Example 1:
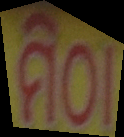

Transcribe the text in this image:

ମିଠା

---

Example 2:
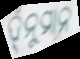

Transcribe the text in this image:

ତ୍ନୁମାନ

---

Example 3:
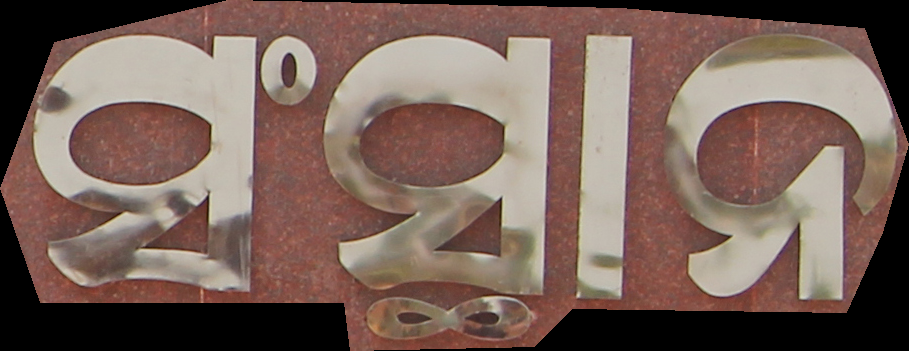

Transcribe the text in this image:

ସଂସ୍ଥାନ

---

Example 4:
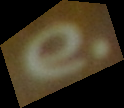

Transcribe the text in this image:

୧.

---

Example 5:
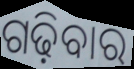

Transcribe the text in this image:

ଗଢ଼ିବାର